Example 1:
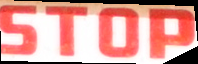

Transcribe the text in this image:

STOP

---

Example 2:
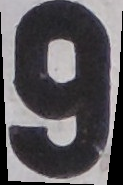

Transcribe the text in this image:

9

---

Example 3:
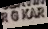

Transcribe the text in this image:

R G KAR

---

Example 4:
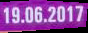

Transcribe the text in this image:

19.06.2017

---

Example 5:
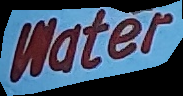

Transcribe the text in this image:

Water